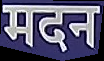
मदन